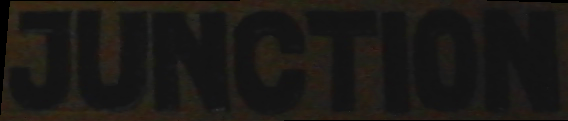
JUNCTION